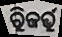
ରିଜର୍ଭ